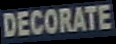
DECORATE